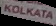
KOLKATA